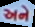
અને